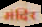
मंदिर